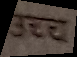
उच्च